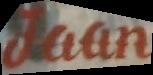
daan